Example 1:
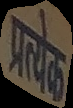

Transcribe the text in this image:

प्रत्येक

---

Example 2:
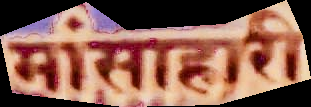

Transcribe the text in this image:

मांसाहारी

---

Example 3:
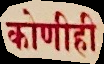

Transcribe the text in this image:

कोणीही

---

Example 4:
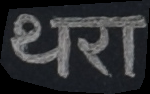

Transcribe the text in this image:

थरा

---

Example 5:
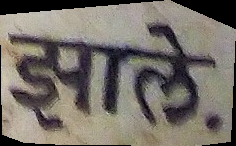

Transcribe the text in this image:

झाले.